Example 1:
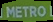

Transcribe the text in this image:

METRO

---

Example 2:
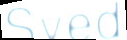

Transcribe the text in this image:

Sved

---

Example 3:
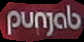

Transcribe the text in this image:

punjab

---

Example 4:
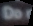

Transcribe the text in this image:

Do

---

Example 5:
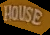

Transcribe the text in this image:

HOUSE